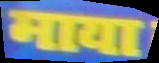
माया